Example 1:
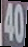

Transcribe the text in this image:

40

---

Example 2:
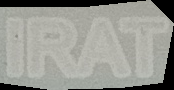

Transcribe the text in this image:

IRAT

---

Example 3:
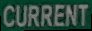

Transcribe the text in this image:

CURRENT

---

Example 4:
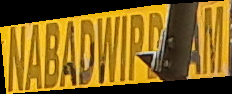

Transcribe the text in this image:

NABADWIP M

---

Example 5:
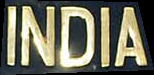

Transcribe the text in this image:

INDIA